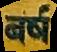
बर्ष